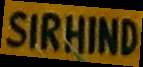
SIRHIND